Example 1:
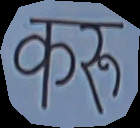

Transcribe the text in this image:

करू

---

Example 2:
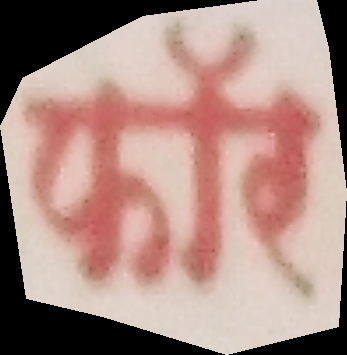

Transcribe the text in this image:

फॉर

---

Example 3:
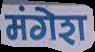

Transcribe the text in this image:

मंगेश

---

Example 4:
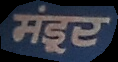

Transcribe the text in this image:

मंडूर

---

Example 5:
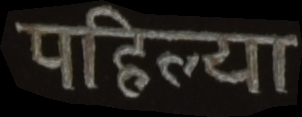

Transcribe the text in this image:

पहिल्या